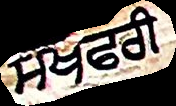
ਸਖਫਰੀ